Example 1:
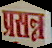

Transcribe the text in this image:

प्रसन्न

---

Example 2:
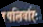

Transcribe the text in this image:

पलिर्वार:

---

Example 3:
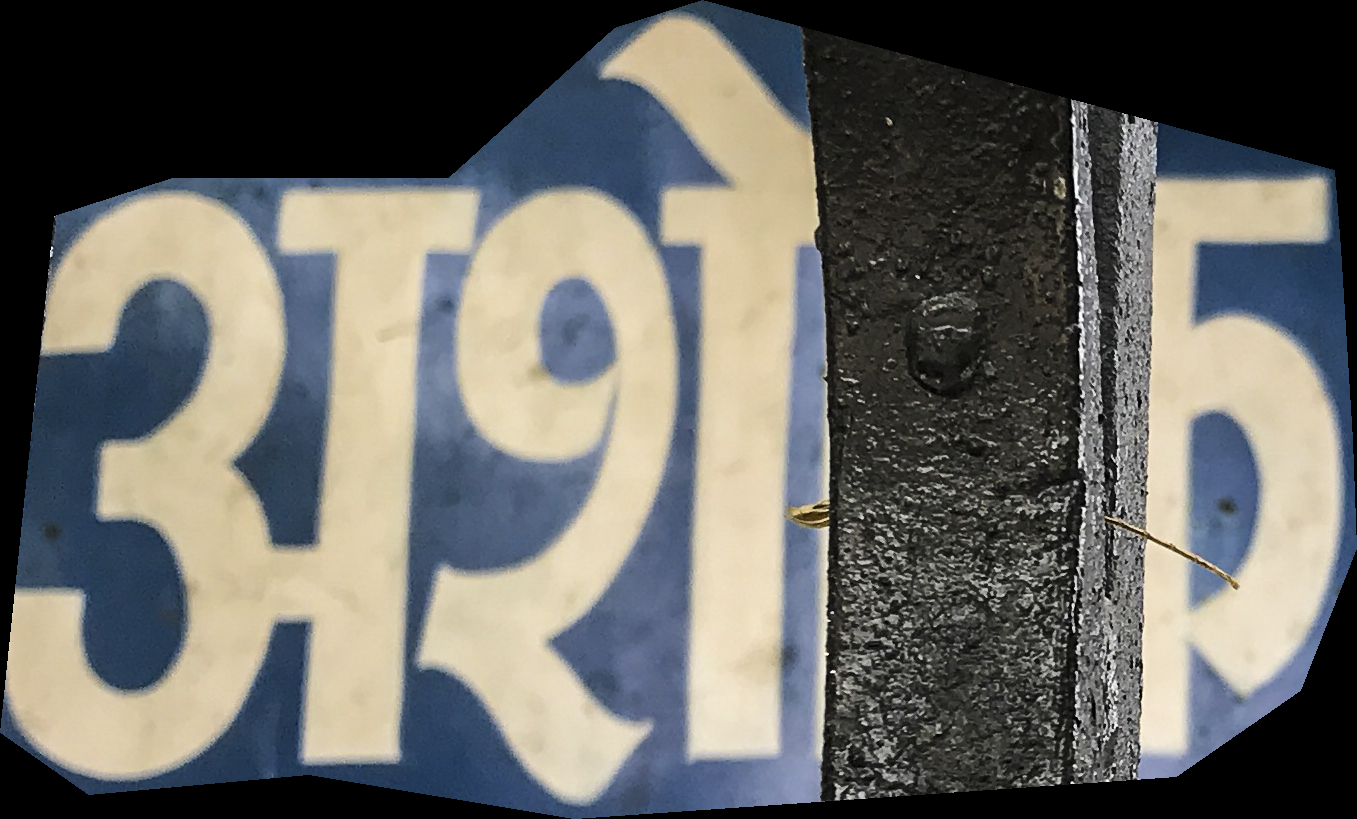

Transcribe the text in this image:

अशोक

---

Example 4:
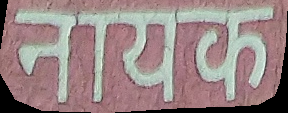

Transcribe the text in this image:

नायक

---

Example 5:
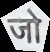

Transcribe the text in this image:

जो